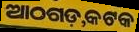
ଆଠଗଡ଼,କଟକ